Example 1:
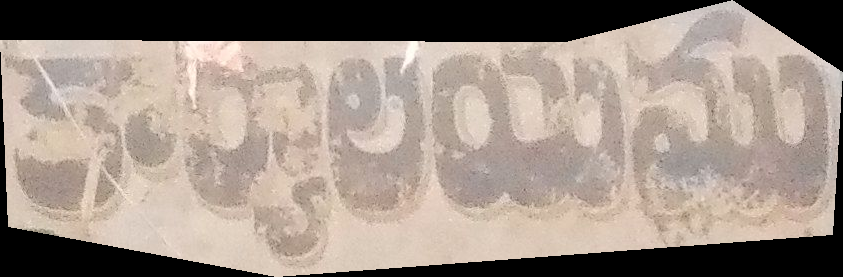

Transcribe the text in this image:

కార్యాలయము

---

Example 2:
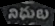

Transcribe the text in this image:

నిధుల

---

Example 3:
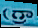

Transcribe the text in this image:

( గ్రా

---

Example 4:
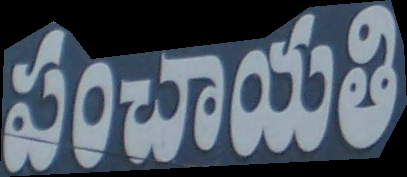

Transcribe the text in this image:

పంచాయతి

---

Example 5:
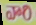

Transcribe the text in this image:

వారి